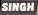
SINGH